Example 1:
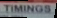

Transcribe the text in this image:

TIMINGS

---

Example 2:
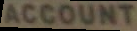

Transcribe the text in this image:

ACCOUNT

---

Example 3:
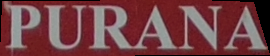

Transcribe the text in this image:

PURANA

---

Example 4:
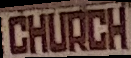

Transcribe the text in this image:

CHURCH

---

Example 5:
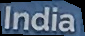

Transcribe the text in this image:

India